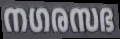
നഗരസഭ